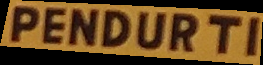
PENDURTI